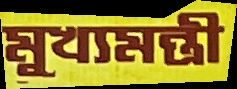
মুখ্যমন্ত্রী